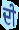
ਦੀ